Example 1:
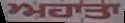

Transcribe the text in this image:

ਅਹਾਤਾ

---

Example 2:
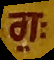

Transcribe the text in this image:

ਗੁ:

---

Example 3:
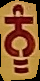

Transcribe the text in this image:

ਨੂੰ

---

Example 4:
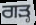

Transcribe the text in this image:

ਗੜ੍ਹ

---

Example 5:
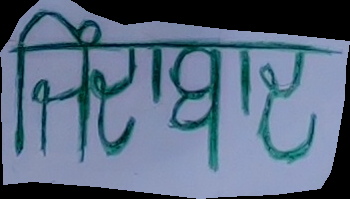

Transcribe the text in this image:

ਜਿੰਦਾਬਾਦ